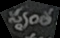
సృంత